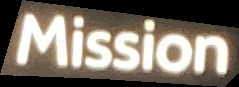
Mission